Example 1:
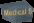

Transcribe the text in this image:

Medical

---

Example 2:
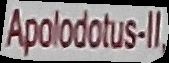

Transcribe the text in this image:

Apolodotus-II.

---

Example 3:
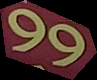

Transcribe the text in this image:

99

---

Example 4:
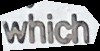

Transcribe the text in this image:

which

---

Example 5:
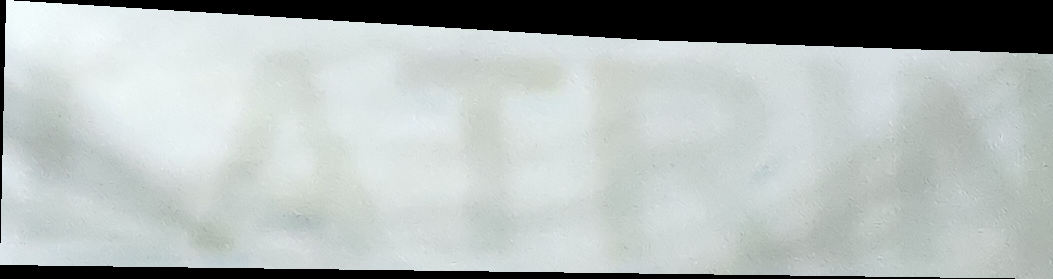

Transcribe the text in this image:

LATRIN